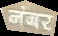
नंबर